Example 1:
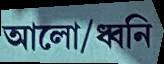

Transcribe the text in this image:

আলো/ধ্বনি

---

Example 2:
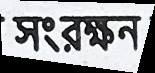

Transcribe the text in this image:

সংরক্ষন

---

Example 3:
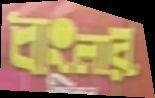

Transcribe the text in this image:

বাংলার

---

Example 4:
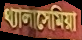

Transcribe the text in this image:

থ্যালাসেমিয়া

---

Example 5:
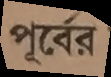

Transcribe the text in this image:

পূর্বের